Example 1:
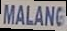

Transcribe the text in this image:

MALANG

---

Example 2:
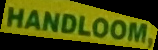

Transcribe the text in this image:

HANDLOOM,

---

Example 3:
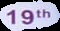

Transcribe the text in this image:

19th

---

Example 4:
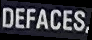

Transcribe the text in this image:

DEFACES,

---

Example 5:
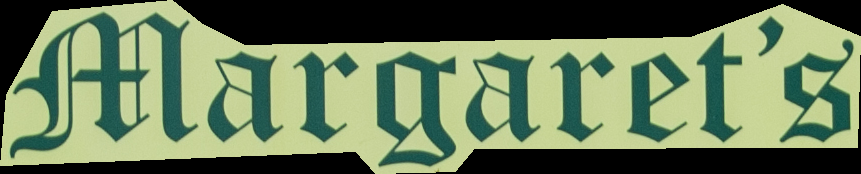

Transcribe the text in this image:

Margaret